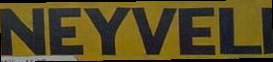
NEYVELI